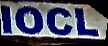
IOCL